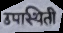
उपस्थिती